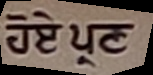
ਹੋਏਪ੍ਰਣ